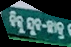
ବିଜୁ ଯୁବ-ଛାତ୍ର କ